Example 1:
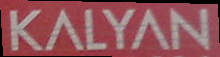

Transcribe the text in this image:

KALYAN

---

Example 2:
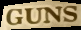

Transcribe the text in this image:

GUNS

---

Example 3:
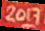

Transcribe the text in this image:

2017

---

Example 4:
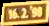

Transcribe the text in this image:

16.2.98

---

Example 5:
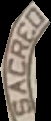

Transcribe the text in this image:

SACRED